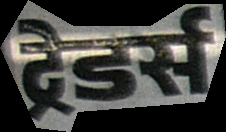
ट्रेडर्स